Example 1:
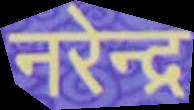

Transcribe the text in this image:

नरेन्द्र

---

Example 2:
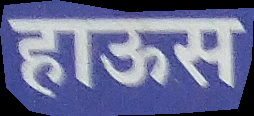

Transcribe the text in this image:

हाऊस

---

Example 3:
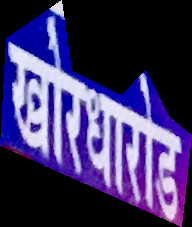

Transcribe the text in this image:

खोरधारोड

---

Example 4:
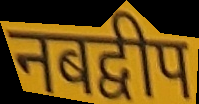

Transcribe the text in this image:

नबद्वीप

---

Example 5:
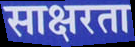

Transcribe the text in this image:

साक्षरता